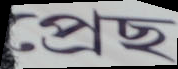
প্ৰেছ